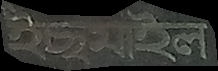
ইছমাইল